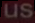
us